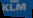
KLM